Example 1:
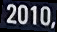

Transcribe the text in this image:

2010,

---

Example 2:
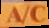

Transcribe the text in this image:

A/C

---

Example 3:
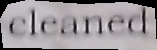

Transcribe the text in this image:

cleaned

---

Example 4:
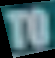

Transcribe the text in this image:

TO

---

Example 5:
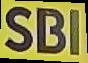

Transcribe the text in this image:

SBI